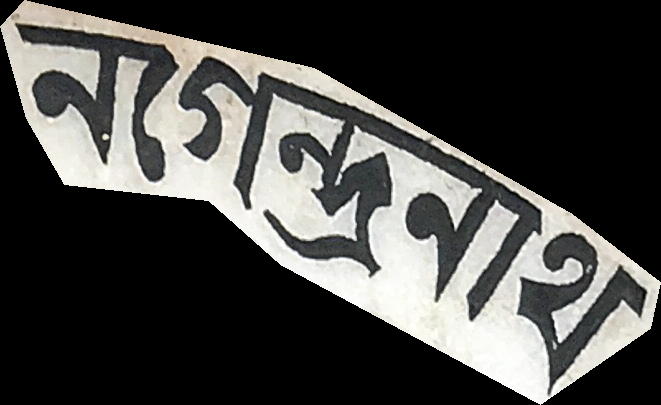
নগেন্দ্রনাথ